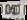
മണ്ണ്